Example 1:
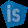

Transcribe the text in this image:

is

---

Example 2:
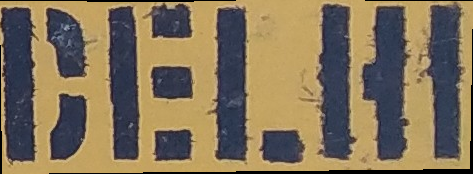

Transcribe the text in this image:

DELHI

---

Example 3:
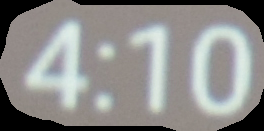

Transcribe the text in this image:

4:10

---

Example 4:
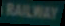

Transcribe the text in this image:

RAILWAY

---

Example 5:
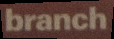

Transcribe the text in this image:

branch